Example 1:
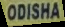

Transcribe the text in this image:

ODISHA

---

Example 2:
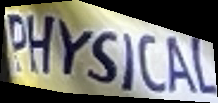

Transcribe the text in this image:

PHYSICAL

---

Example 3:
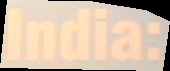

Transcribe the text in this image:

India:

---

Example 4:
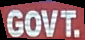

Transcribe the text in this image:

GOVT.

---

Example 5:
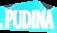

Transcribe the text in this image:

PUDINA